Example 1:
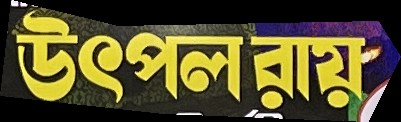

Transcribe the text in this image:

উৎপল রায়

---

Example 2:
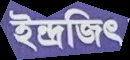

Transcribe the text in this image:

ইন্দ্রজিৎ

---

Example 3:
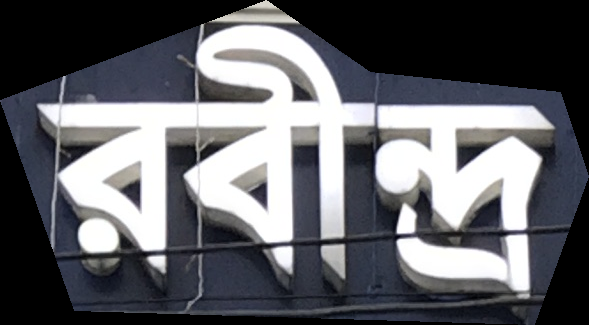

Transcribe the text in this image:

রবীন্দ্র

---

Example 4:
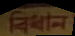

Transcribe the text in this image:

বিধান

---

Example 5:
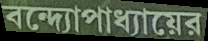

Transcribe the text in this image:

বন্দ্যোপাধ্যায়ের